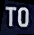
TO